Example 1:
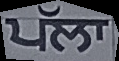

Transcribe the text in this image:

ਪੱਲਾ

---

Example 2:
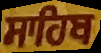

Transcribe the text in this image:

ਸਾਹਿਬ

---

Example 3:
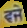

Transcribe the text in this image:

ਵਜੇ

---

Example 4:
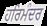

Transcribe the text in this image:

ਹਰਿਮੰਦਰ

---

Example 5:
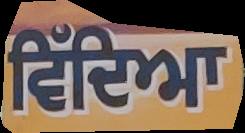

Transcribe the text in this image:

ਵਿੱਦਿਆ